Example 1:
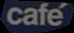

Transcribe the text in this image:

cafe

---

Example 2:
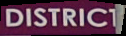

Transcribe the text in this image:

DISTRICT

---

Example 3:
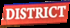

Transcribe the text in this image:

DISTRICT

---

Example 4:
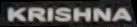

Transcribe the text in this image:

KRISHNA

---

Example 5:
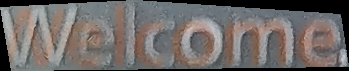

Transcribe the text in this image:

Welcome